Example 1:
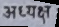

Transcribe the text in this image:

अध्यक्ष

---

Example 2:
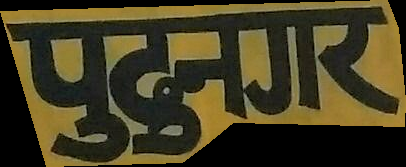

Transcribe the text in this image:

पुदुनगर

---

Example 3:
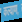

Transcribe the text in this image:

कल्याण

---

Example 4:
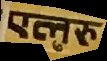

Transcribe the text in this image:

एलुरू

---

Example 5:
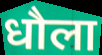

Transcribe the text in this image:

धौला